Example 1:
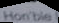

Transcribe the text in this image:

Hon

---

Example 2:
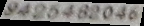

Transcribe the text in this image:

9425482046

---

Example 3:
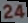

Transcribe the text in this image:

24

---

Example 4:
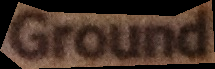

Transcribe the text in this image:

Ground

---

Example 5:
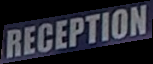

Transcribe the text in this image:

RECEPTION